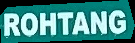
ROHTANG